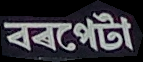
বৰপেটা